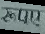
रूपए